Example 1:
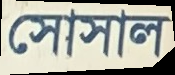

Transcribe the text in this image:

সোসাল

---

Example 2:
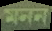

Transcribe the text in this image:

মনন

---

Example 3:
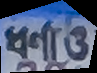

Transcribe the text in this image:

ধর্ণাও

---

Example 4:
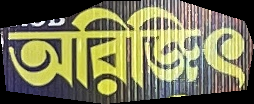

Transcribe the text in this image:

অরিজিৎ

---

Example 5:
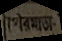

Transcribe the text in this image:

গৌরমাতা-